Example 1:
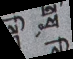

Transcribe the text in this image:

ত্রষু বি সবিতুল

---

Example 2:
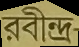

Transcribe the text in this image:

রবীন্দ্র-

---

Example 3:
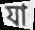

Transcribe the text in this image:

যা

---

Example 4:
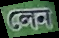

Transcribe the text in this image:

লেন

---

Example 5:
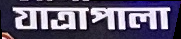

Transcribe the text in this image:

যাত্রাপালা